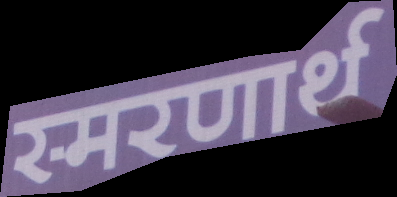
स्मरणार्थ